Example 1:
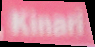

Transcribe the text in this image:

Kinari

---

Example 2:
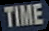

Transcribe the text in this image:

TIME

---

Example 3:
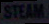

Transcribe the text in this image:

STEAM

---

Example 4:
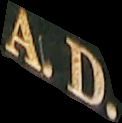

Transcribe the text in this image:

A.D.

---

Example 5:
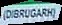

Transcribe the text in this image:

(DIBRUGARH)